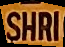
SHRI